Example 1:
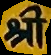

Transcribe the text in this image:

श्री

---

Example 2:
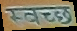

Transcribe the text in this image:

स्वच्छ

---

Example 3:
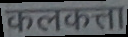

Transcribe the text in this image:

कलकत्ता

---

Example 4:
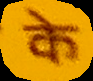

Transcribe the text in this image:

केे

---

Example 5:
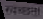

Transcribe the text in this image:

स्वच्छता